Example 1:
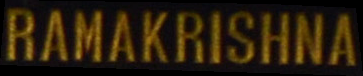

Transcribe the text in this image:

RAMAKRISHNA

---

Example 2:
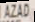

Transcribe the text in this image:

AZAD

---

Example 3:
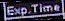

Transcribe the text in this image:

Exp.Time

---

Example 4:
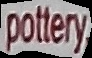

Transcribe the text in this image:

pottery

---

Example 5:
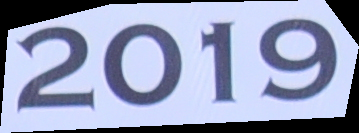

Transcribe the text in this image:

2019